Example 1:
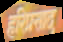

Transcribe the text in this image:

हरिप्रसाद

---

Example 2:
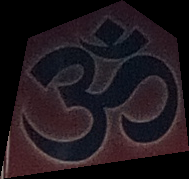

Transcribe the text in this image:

ॐ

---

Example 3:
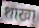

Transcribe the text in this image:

शाखा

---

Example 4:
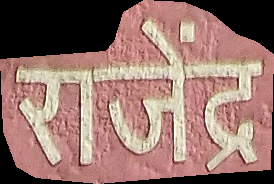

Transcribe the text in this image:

राजेंद्र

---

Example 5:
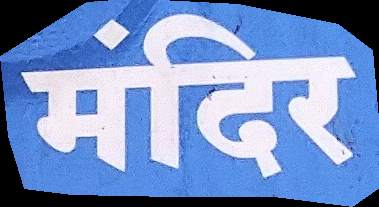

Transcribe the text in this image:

मंदिर